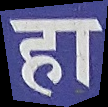
हा